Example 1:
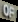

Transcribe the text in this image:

OF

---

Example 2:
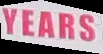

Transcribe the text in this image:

YEARS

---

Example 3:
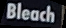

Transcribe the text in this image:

Bleach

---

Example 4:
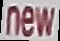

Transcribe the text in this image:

new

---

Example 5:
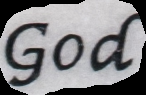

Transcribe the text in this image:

God